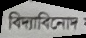
বিদ্যাবিনোদ